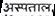
अस्पताल